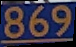
869